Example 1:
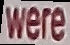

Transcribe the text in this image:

were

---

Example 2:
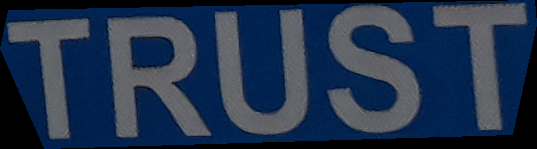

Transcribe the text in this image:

TRUST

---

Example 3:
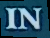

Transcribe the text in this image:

IN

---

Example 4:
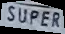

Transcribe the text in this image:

SUPER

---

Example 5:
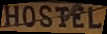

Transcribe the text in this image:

HOSTEL